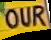
OUR